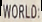
WORLD: